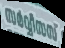
സർവ്വീസസ്